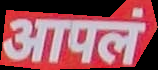
आपलं